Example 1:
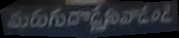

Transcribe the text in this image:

మరుగుదొడ్లనివాడండి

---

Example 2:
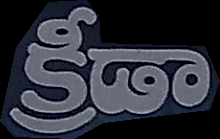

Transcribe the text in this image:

క్రీడా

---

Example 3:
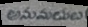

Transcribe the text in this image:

అనుమతులు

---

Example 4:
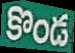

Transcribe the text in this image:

కొండ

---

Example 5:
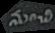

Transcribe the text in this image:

నుంచి